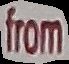
from